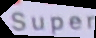
Super